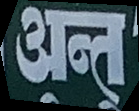
अन्त